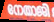
നേതാജി